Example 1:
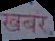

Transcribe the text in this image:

खबर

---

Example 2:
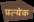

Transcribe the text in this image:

प्रत्येक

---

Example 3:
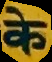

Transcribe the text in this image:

क‍े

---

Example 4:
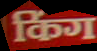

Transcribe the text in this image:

किंग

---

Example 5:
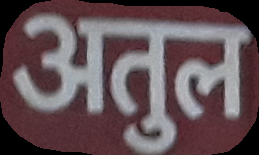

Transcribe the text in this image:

अतुल